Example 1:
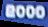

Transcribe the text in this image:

௨௦௦௦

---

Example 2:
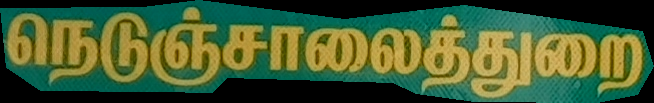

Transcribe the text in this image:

நெடுஞ்சாலைத்துறை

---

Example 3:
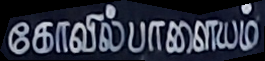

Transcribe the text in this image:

கோவில்பாளையம்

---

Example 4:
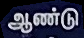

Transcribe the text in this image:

ஆண்டு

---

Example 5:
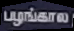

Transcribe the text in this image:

பழங்கால